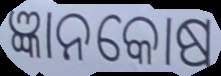
ଜ୍ଞାନକୋଷ